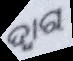
ଦ୍ବାର